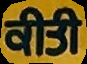
ਕੀਤੀ